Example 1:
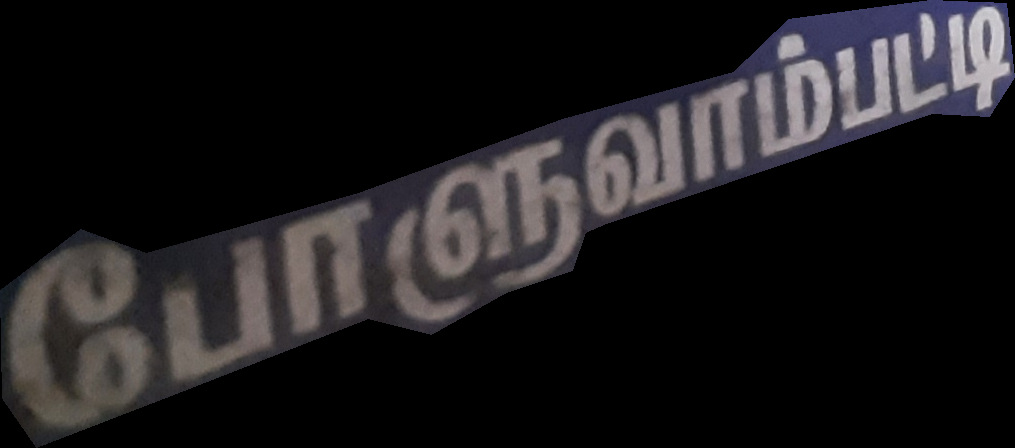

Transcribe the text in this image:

போளுவாம்பட்டி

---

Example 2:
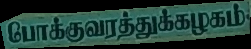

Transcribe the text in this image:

பொக்குவரத்துக்கழகம்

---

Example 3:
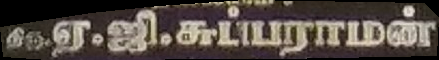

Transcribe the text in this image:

திரு. ஏ.ஜி.சுப்பராமன்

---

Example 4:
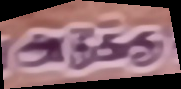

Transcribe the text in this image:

அடுக்கு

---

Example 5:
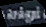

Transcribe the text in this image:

செல்லும்